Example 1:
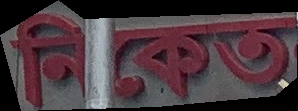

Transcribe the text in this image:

নিকেত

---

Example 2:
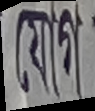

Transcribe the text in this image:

যোগ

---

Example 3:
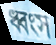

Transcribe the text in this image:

ধ্বংস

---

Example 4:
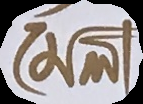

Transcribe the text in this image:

মেলা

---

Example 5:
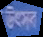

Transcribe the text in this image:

উৎসব